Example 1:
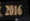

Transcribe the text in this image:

2016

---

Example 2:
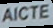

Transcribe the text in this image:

AICTE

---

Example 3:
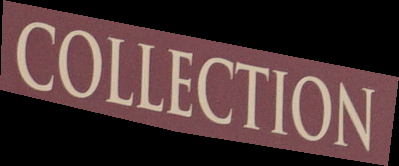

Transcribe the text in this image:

COLLECTION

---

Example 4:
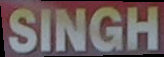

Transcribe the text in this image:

SINGH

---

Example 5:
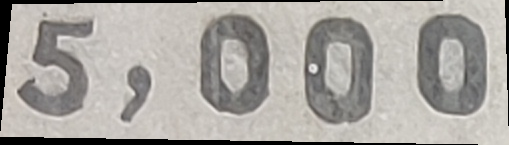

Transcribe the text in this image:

5,000